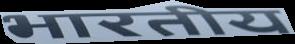
भारतीय